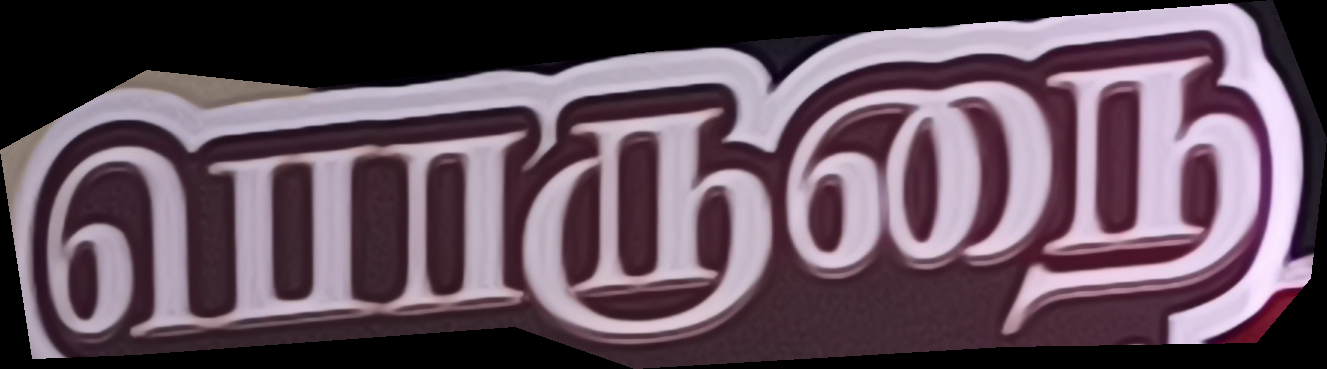
பொருநை